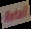
Retail